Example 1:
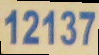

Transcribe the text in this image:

12137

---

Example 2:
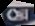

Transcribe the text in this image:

Oil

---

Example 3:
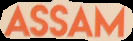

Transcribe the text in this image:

ASSAM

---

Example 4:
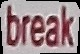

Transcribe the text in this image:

break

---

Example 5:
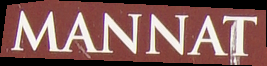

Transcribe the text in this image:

MANNAT